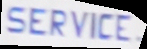
SERVICE